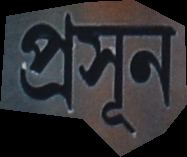
প্ৰসূন